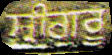
ਸ੍ਰੀਗੁਰੂ